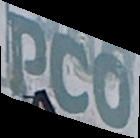
PCO